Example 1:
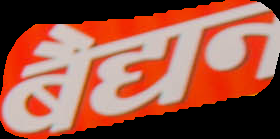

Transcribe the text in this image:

बैद्यन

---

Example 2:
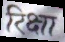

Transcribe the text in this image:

रिक्षा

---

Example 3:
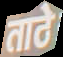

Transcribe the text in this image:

ताठे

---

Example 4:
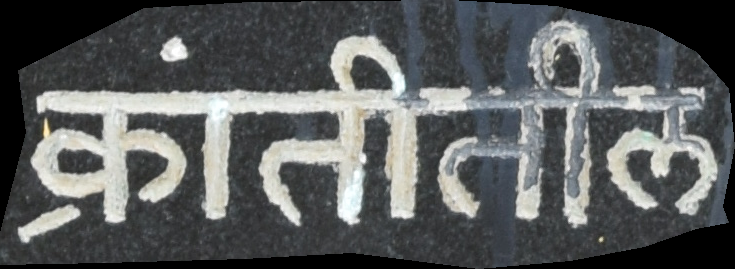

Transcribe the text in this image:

क्रांतीतील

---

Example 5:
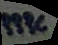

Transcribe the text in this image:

१९१८